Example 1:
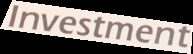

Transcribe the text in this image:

Investment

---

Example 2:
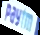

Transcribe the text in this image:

Paytm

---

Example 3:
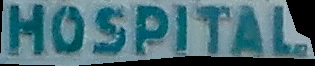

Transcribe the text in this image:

HOSPITAL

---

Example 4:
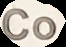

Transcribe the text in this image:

Co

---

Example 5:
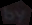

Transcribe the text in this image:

by